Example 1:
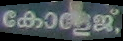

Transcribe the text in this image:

കോളേജ്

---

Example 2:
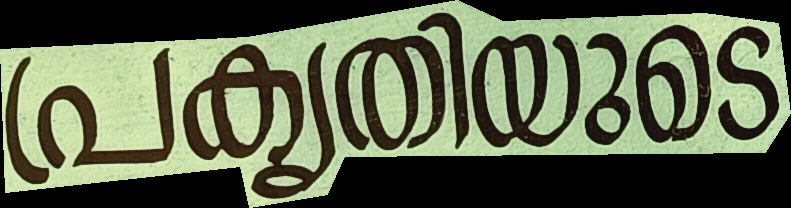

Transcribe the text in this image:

പ്രകൃതിയുടെ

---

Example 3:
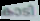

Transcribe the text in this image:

കാടി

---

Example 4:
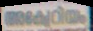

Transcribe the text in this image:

അക്വേറിയം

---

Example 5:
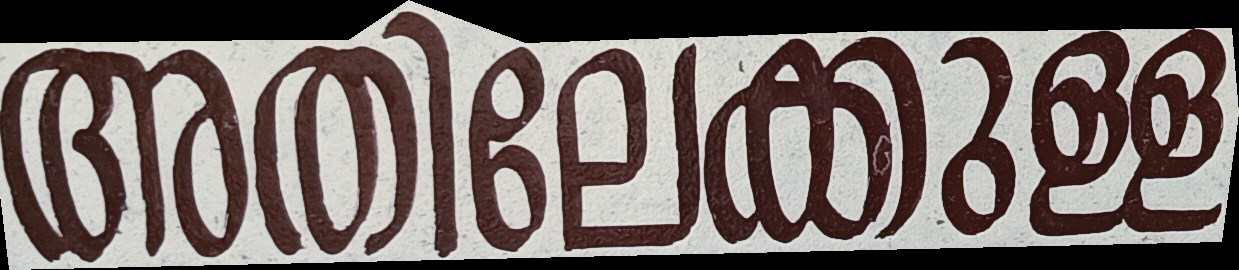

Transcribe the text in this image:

അതിലേക്കുള്ള